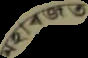
হোৰজড